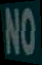
NO